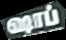
ஷாப்